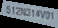
512N314V01